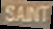
SAINT